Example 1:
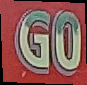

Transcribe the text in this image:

GO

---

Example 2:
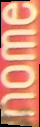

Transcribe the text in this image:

nome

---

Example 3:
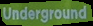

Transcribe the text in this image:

Underground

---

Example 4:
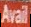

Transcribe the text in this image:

Avail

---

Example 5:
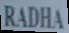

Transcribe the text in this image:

RADHA